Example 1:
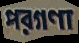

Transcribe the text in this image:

পরগণা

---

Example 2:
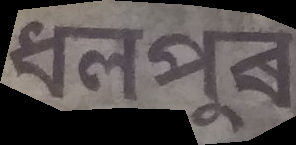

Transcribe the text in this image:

ধলপুৰ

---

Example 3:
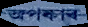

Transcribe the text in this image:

অপকাৰ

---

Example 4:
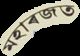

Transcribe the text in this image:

মহাৰজত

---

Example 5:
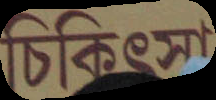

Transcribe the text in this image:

চিকিৎসা